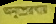
অনুপ্রেরণায়